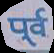
पूर्व